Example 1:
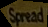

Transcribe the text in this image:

Spread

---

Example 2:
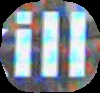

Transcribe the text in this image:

ill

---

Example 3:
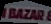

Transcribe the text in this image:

BAZAR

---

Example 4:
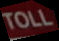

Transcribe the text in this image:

TOLL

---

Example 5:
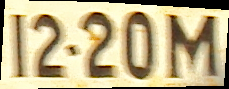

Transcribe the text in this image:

12.20M